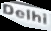
Delhi